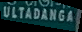
ULTADANGA